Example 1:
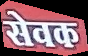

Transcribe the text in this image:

सेवक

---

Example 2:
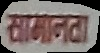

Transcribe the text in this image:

सामानता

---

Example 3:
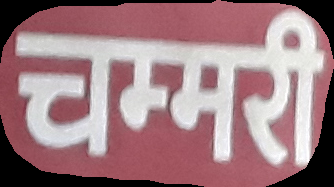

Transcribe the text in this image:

चम्मरी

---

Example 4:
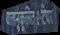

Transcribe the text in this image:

वातानुकूलित 2 टियर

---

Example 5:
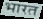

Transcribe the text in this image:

भारत